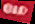
OLD